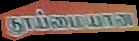
தூய்மையான